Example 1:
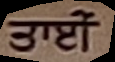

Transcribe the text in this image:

ਤਾਈਂ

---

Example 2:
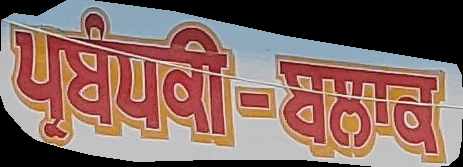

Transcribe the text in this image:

ਪ੍ਰਬੰਧਕੀ-ਬਲਾਕ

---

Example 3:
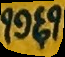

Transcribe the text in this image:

੧੭६੧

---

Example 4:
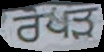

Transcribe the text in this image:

ਰੇਪੜ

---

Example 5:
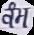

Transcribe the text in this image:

ਕੰਸ